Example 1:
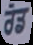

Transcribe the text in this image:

ਰਂਡ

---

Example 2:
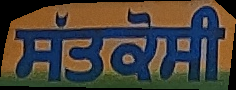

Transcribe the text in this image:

ਸੱਤਕੋਸੀ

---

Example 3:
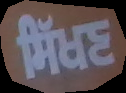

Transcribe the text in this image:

ਸਿੱਖਣ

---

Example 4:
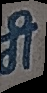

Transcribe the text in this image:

ਰੀ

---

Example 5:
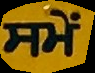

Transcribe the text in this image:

ਸਮੇਂ